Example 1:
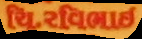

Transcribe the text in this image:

ચિ.રવિભાઈ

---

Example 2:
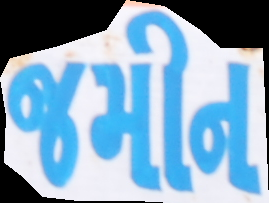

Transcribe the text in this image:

જમીન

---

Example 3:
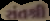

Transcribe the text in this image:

સંતશ્રી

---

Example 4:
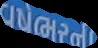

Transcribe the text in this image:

વર્ષભરની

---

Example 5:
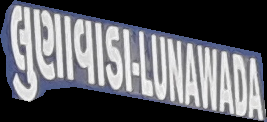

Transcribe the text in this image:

લુણાવાડા-LUNAWADA